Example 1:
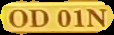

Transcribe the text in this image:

OD01N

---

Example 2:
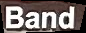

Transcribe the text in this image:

Band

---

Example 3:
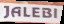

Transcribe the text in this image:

JALEBI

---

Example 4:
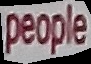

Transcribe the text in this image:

people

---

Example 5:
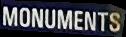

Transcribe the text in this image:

MONUMENTS